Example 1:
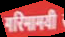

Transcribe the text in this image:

गरिमामयी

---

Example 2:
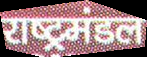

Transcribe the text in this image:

राष्ट्रमंडल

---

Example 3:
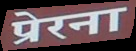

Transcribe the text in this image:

प्रेरना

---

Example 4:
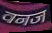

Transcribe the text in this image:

वनज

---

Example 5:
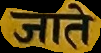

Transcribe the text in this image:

जाते